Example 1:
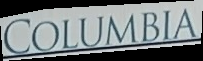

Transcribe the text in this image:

COLUMBIA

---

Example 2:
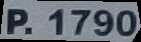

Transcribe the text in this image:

P.1790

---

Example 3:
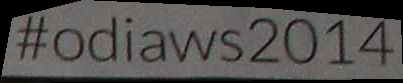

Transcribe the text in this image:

#odiaws2014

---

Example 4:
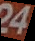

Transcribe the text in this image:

24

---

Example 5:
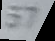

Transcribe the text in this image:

37